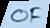
OF